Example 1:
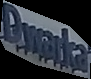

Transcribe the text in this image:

Dwarka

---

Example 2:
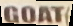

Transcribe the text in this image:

GOAT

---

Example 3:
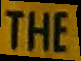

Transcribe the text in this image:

THE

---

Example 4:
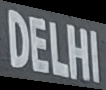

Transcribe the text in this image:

DELHI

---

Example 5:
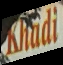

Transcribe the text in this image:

Khadi